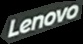
Lenovo